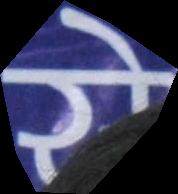
से